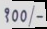
१००/-